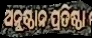
ଅନୁଷ୍ଠାନ ପ୍ରତିଷ୍ଠା